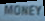
MONEY